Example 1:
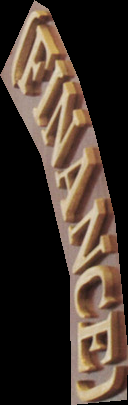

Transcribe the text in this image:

FINANCE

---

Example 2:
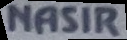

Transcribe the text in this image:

NASIR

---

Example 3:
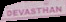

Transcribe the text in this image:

DEVASTHAN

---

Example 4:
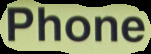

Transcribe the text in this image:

Phone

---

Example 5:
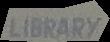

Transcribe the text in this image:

LIBRARY